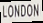
LONDON